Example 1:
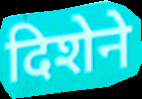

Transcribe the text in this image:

दिशेने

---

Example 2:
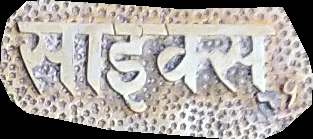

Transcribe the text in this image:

साइक्स्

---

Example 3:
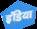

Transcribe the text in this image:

इंडिया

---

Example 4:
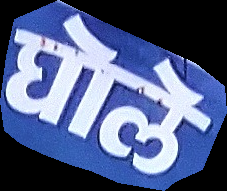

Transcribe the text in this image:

घोले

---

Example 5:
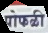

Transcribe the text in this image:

पोफळी